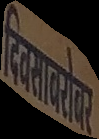
दिवसाबरोबर